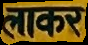
लाकर